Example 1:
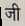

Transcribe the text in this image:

जी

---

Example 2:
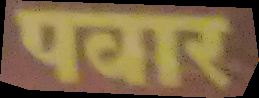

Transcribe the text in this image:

पवार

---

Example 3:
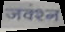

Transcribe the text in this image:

जंक्शन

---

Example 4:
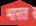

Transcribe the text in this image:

भारत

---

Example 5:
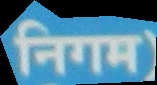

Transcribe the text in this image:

निगम)